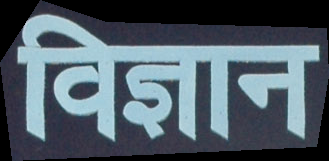
विज्ञान